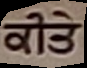
ਕੀਤੇ